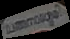
ചങ്ങനാശ്ശേരി